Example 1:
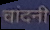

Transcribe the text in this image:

चांदनी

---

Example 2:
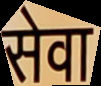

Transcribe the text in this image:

सेवा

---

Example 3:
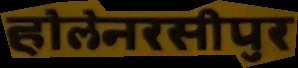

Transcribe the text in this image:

होलेनरसीपुर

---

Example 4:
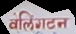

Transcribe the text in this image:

वेलिंगटन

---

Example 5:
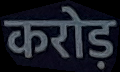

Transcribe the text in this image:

करोड़